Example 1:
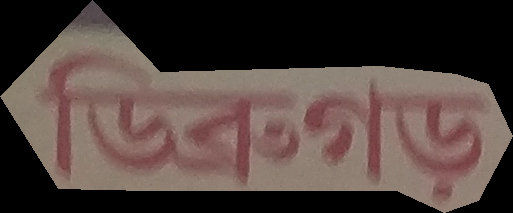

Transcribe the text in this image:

ডিব্ৰুগড়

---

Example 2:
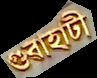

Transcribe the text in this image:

গুৱাহাটী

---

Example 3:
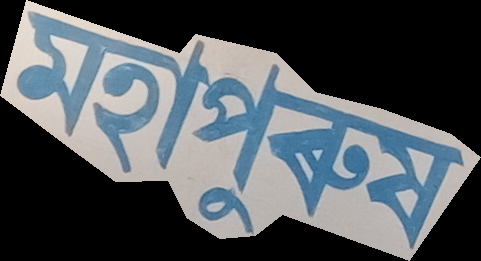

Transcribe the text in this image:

মহাপুৰুষ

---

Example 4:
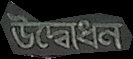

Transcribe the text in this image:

উদ্বোধন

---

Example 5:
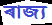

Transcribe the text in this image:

ৰাজ্য